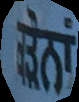
ਕੜੇਨਾਂ